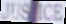
JUSICE